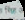
सिंह